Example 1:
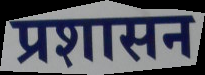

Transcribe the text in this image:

प्रशासन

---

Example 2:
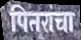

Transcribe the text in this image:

पितरांचा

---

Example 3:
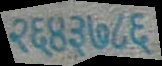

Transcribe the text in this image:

२६४३७८६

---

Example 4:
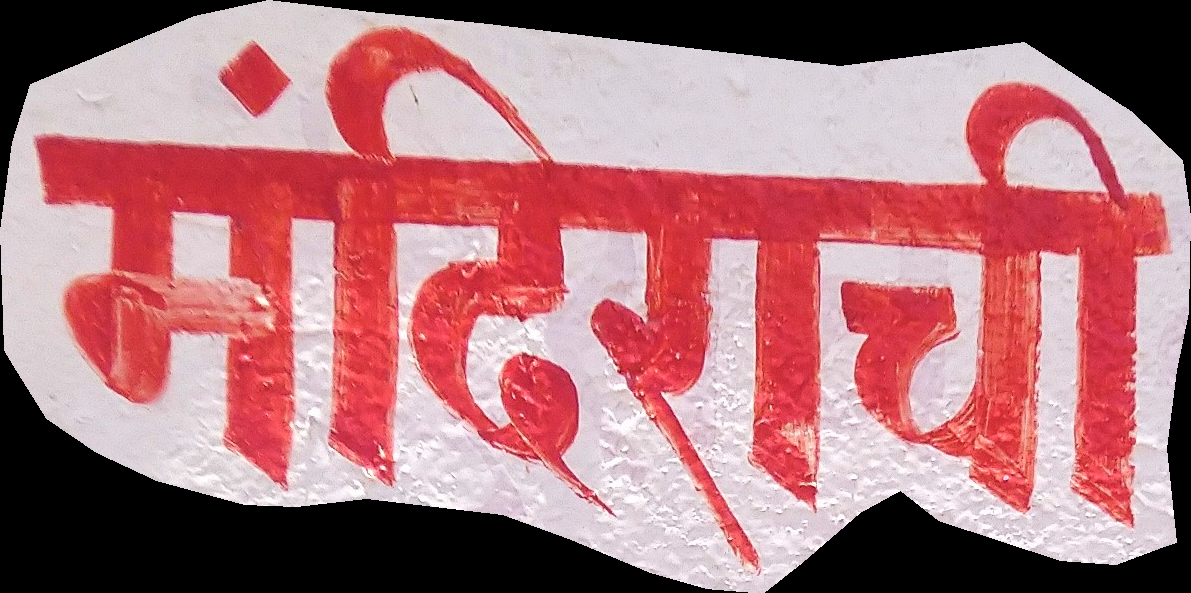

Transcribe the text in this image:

मंदिराची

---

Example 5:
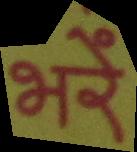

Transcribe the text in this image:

भरें